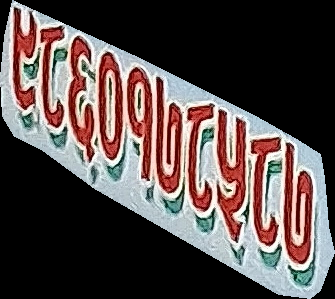
९८६०१७८५८०